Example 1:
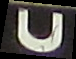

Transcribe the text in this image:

U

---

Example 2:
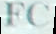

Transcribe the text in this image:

FC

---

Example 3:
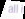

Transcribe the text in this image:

all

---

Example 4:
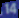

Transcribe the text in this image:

14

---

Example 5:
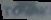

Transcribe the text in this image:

TOWN